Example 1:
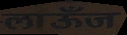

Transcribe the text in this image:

लाऊँज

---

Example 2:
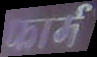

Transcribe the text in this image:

फार्म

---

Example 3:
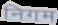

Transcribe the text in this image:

निगम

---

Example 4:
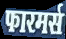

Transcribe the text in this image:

फारमर्स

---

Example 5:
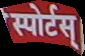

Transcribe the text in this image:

स्पोर्टस्